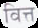
वित्त